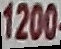
1200